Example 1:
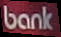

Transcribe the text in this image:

bank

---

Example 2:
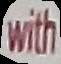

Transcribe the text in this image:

with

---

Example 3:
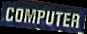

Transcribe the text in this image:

COMPUTER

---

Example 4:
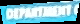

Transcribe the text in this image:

DEPARTMENT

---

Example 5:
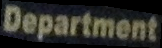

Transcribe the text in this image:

Department